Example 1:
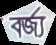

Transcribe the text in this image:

বর্জ্য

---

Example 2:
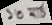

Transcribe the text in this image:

১৩ মার্চ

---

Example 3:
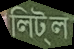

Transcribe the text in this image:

লিট্ল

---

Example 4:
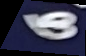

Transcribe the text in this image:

ও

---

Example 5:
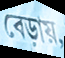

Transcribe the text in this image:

বেড়ায়,